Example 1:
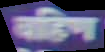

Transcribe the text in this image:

वहिण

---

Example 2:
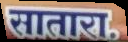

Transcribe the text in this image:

सातारा.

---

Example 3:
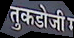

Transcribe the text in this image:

तुकडोजी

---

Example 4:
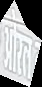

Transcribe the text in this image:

ओरल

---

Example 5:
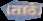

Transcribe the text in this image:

ताठे